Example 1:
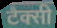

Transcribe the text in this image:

टैक्सी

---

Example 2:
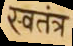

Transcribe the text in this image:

स्वतंत्र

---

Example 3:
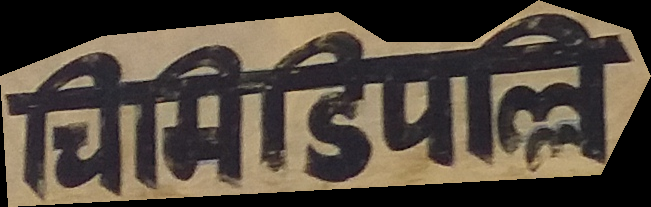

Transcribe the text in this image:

चिमिडिपल्लि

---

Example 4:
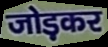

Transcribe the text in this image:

जोड़कर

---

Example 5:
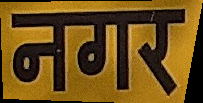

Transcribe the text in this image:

नगर